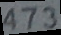
473